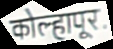
कोल्हापूर.